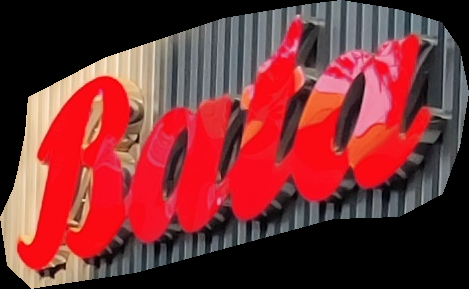
Bata